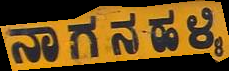
ನಾಗನಹಳ್ಳಿ